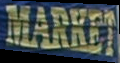
MARKET